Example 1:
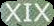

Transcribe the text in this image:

XIX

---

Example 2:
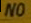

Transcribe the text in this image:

NO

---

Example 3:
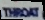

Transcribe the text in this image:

THROAT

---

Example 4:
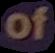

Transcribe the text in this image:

of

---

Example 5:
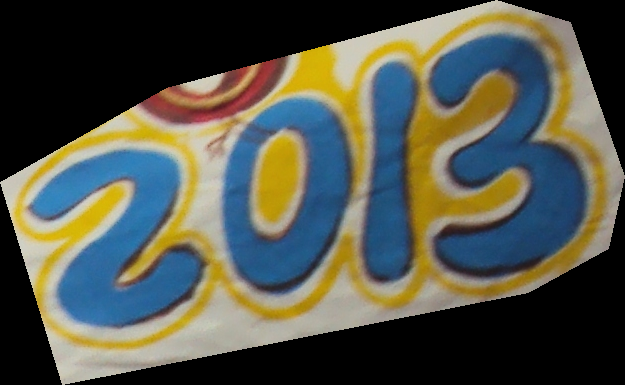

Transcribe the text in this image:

2013